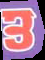
ਤ